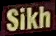
Sikh